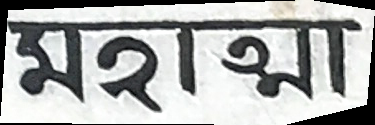
মহাত্মা